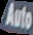
Auto